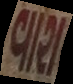
વારા